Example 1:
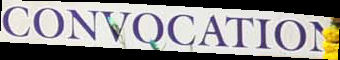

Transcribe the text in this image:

CONVOCATION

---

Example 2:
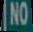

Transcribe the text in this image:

NO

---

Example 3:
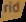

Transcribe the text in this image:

rid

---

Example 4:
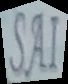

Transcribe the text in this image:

SAI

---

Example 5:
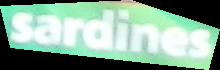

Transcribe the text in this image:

sardines